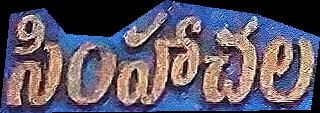
సింహాచల